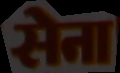
सेना